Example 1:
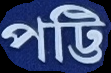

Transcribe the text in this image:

পট্টি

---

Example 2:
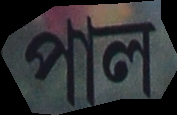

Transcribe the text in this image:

পাল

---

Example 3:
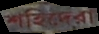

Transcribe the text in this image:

শহিদেরা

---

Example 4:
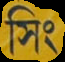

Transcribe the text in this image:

সিং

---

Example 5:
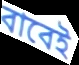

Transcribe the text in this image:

বাবেই